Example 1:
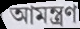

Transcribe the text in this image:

আমন্ত্রণ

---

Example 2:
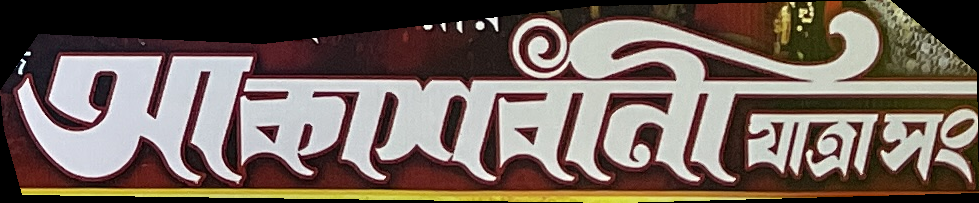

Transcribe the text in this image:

আকাশবানী যাত্রা সং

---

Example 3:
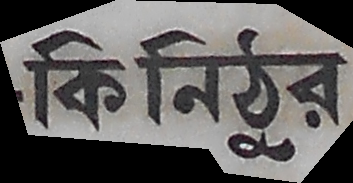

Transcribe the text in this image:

কি নিঠুর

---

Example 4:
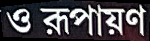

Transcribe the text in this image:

ওরূপায়ণ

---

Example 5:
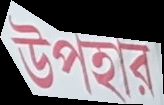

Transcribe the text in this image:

উপহার